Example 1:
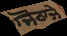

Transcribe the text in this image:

ਜੋਰਾਜੇ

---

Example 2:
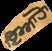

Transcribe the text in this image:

ਇਆਹੇਾ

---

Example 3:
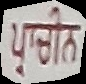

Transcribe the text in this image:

ਪ੍ਰਾਚੀਨ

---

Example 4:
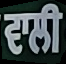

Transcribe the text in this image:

ਵਾਲੀ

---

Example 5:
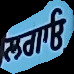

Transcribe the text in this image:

ਲਗਾਓ